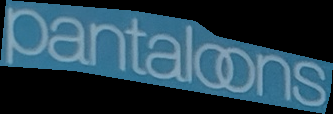
pantaloons